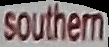
southern